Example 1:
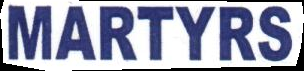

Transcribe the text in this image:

MARTYRS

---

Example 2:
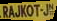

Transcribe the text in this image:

RAJKOT-JN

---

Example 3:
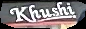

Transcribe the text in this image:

Khushi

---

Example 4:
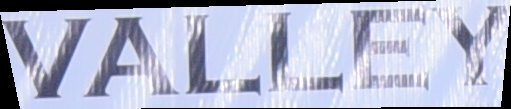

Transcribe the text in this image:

VALLEY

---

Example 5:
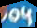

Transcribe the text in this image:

04